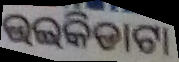
ଉଇକିଡାଟା